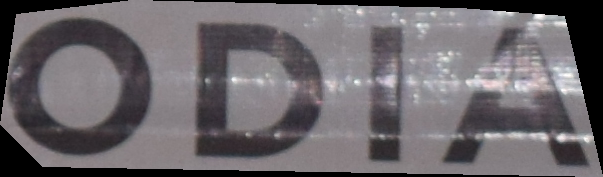
ODIA